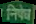
निषेध